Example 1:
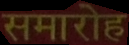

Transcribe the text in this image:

समारोह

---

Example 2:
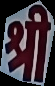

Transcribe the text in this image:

श्री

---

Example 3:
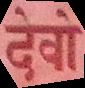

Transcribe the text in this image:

देवो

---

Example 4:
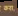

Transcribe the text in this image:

करा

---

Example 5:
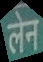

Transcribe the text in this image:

लेन